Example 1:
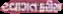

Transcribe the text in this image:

સ્વાગત કરીએ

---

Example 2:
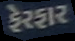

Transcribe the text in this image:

ફેરફાર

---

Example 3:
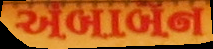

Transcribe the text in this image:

અબાબેન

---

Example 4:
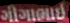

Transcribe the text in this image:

ગીગાભાઈ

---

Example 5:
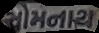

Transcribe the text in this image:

સોમનાથ